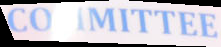
CO IMITTEE